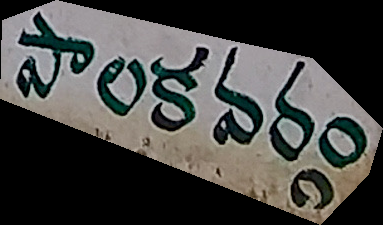
పాలకవర్గం